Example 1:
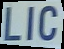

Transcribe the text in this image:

LIC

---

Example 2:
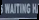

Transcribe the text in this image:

WAITINGH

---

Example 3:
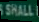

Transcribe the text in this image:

SHALL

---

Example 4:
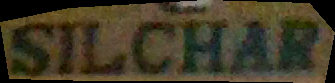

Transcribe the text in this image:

SILCHAR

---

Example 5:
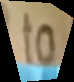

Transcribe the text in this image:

to